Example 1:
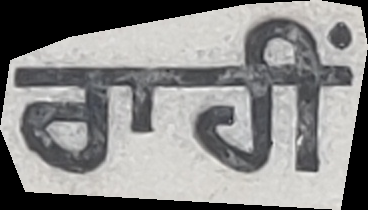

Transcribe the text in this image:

ਰਾਹੀਂ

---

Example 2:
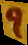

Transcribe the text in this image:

੧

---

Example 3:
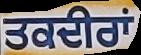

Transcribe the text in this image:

ਤਕਦੀਰਾਂ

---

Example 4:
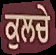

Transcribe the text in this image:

ਕੁਲਚੇ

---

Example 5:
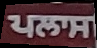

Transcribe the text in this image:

ਪਲਾਸ